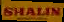
SHALIN